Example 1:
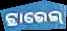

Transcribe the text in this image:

ଟ୍ରାଭେଲ ଲିଙ୍କ୍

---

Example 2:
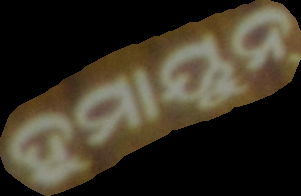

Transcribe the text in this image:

ହୁମାୟୁନ୍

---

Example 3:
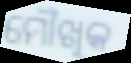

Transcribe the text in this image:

ମୌଖୁକ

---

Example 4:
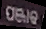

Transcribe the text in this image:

ପଞ୍ଜାବ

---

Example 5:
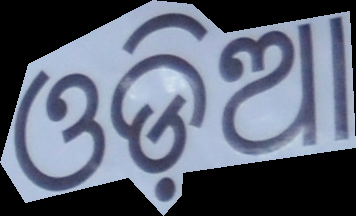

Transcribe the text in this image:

ଓଡ଼ିଆ